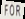
FOR